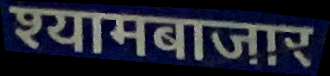
श्यामबाजार